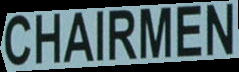
CHAIRMEN